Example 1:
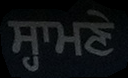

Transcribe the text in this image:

ਸ੍ਹਾਮਣੇ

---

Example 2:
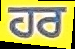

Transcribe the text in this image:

ਹਰ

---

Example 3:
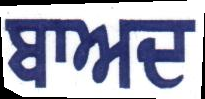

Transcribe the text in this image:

ਬਾਅਦ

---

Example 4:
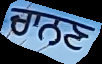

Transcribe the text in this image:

ਚਾਨਣ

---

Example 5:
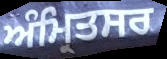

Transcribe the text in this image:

ਅੰਮ੍ਰਿਤਸਰ